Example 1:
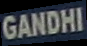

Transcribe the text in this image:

GANDHI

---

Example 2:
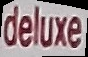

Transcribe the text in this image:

deluxe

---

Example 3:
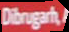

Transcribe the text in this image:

Dibrugarh,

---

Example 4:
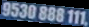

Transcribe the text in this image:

9530888111,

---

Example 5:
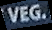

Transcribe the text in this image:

VEG.